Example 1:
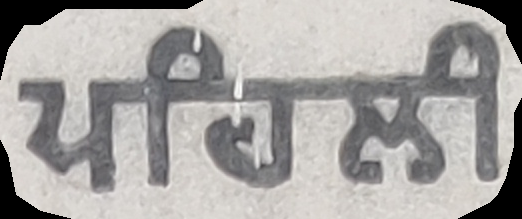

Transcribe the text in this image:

ਪਹਿਲੀ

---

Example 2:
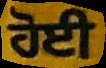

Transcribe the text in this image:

ਹੋਈ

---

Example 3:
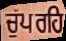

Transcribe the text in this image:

ਚੁੱਪਰਹਿ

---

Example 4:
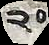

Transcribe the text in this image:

੨੦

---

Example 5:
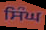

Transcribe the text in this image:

ਸਿੰਘ